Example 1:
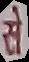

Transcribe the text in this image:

से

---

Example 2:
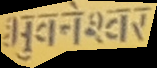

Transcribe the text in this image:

भुवनेश्वर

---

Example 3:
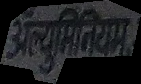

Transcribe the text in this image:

अल्युमिनियम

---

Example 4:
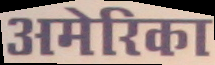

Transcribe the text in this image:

अमेरिका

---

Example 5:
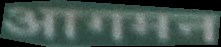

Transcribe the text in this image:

आगमन